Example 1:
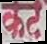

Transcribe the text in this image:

कट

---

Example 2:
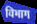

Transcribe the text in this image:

विभाग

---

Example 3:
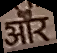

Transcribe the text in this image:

और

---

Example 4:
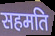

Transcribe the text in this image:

सहमति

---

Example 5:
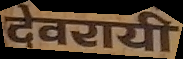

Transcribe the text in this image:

देवरायी